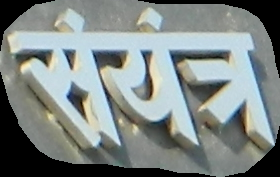
संयंत्र